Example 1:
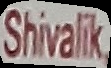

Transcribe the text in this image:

Shivalik,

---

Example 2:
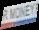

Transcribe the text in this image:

MONEY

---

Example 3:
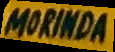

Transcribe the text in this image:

MORINDA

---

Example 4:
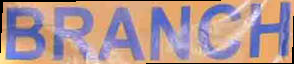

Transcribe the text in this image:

BRANCH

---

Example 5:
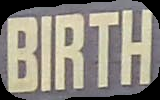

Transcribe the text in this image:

BIRTH